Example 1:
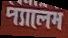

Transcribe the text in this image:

প্যালেম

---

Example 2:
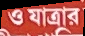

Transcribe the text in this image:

ওযাত্রার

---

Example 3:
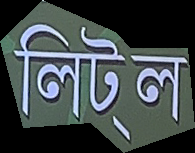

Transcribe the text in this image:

লিট্ল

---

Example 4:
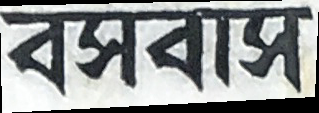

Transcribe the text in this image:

বসবাস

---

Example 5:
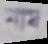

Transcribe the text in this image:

নাম